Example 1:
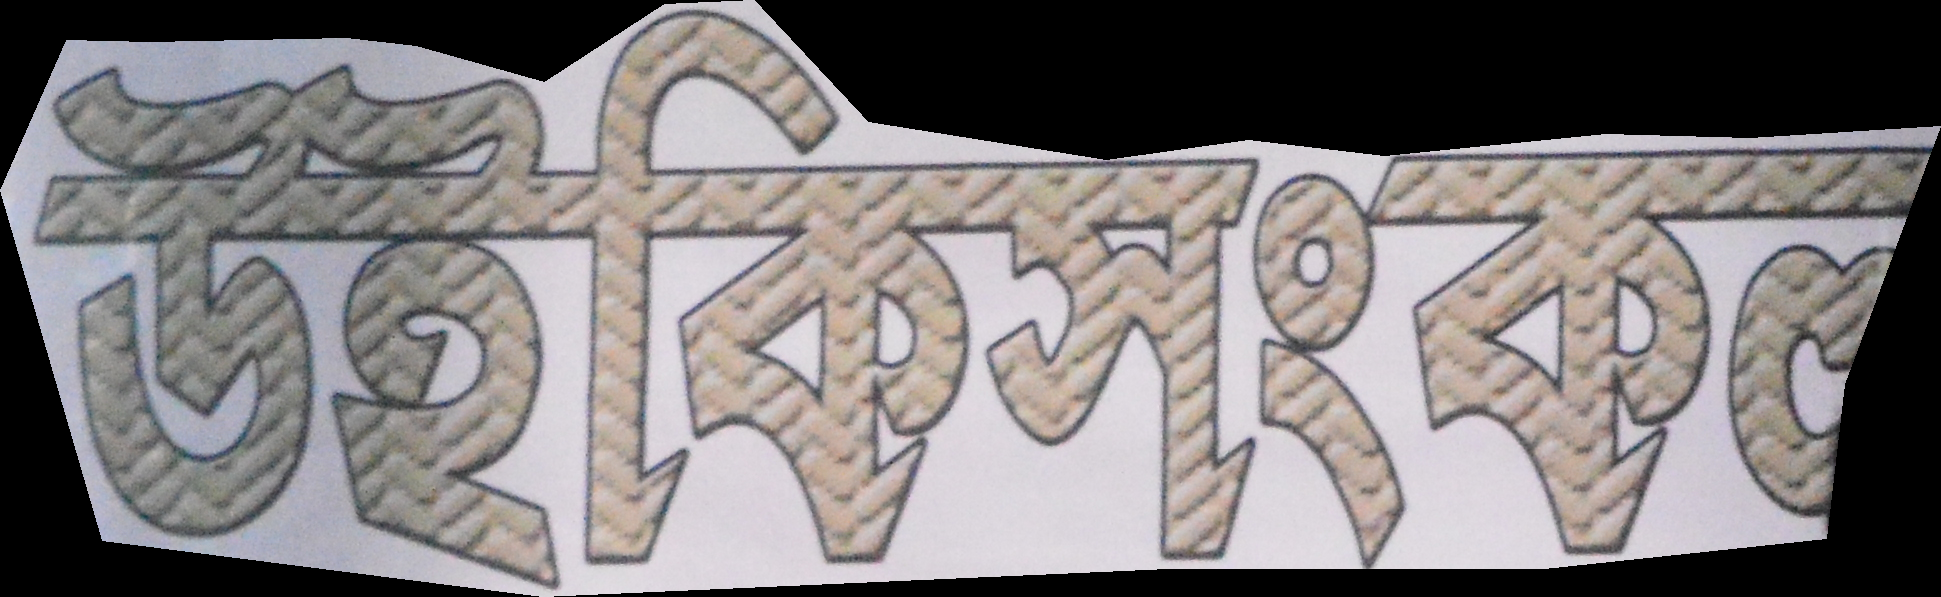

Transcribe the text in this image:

উইকিসংকল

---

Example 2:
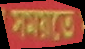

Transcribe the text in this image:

সময়তে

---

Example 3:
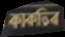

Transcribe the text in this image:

কাকতিৰ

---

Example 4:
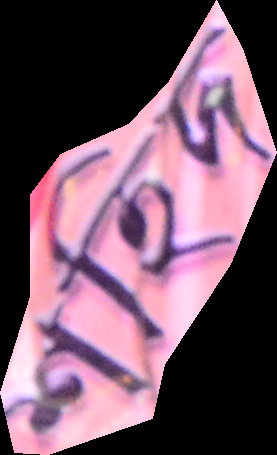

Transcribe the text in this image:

শহিদ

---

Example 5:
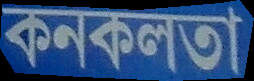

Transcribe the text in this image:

কনকলতা